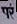
परं